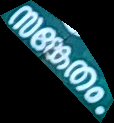
സങ്കേതം